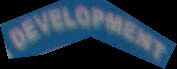
DEVELOPMENT